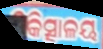
କିତ୍ସାଳୟ